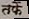
तर्फे